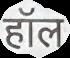
हाॅल